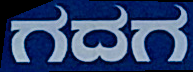
ಗದಗ